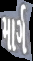
માર્ગ